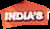
INDIA